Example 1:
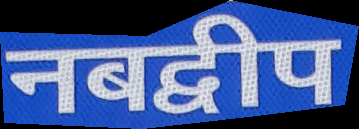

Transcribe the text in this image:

नबद्वीप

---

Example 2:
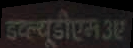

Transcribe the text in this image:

डब्ल्यूडीएम3ए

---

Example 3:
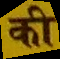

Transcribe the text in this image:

की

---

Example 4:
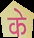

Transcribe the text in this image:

के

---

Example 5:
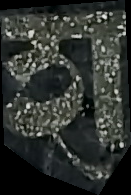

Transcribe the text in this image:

श